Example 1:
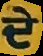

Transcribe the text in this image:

ਦੇ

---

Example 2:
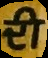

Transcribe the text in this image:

ਦੀ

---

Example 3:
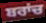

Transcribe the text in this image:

ਬਰਾਚ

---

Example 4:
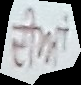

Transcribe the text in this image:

ਦੀਆ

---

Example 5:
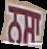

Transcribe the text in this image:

ਨਸਾ